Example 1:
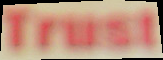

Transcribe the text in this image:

Trust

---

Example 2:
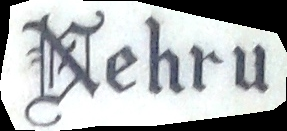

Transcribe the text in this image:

Nehru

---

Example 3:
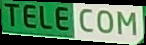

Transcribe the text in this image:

TELECOM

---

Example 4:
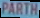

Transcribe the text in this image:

PARTH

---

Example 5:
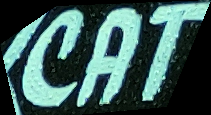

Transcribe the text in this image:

CAT